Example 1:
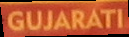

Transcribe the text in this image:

GUJARATI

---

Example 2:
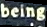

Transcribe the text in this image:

being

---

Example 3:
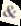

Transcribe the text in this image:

&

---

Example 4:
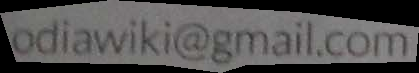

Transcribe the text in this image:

odiawiki@gmail.com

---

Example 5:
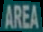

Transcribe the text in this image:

AREA